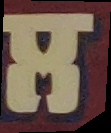
ਲ